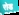
रोड